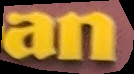
an